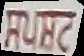
ਸਪਸ਼ਟ